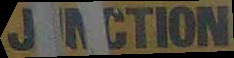
JUNCTION